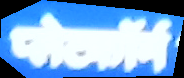
प्लेटफॉर्म